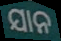
ଯାନ